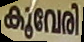
കൂവേരി